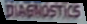
DIAGNOSTICS